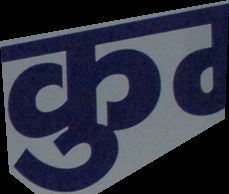
कुम्